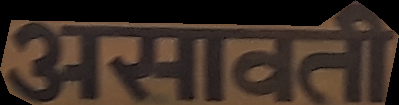
असावती